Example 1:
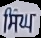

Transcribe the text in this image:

ਸਿੰਘ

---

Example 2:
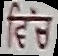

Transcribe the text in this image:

ਵਿੱਚ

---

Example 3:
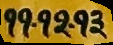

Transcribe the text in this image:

੧੧.੧੨.੧੩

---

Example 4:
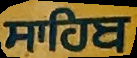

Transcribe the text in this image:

ਸਾਹਿਬ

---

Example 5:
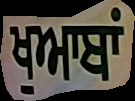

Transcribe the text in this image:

ਖੁਆਬਾਂ